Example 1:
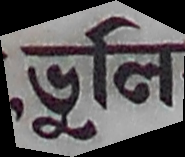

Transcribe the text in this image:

ভুলি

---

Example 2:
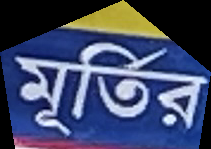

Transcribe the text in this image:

মূর্তির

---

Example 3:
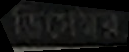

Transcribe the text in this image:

ডিসেম্বর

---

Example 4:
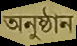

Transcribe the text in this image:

অনুষ্ঠান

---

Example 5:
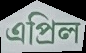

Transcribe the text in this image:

এপ্রিল